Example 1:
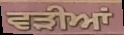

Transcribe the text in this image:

ਵੜੀਆਂ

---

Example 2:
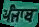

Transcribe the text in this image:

ਪੰਜਾਬ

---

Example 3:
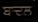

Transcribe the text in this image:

ਬਾਦਲ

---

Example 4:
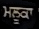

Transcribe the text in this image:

ਮਲੂਕਾ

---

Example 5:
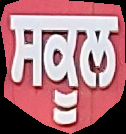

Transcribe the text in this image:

ਸਕੂਲ